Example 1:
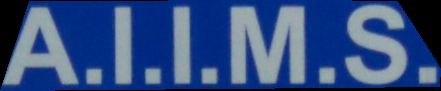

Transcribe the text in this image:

A.I.I.M.S.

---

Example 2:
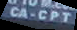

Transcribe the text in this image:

CA-CPT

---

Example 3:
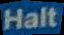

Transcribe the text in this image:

Halt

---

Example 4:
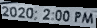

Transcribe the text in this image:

2020:2:00PM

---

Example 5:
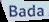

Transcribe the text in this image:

Bada